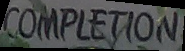
COMPLETION